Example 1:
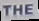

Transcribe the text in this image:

THE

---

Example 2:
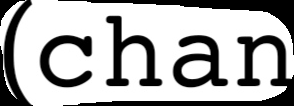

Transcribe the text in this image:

(chan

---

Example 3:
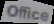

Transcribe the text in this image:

Office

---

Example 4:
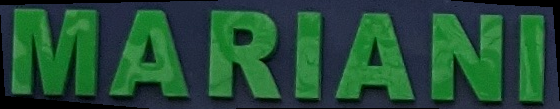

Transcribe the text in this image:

MARIANI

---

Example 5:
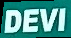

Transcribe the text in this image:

DEVI